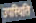
उपस्थिति